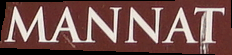
MANNAT